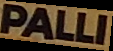
PALLI